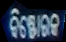
ବିସ୍ଫୋରକ